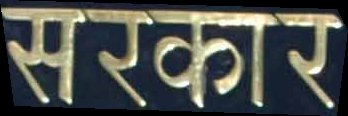
सरकार